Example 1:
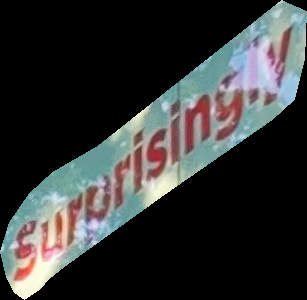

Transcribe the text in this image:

Surprisingly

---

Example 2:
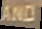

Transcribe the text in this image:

AND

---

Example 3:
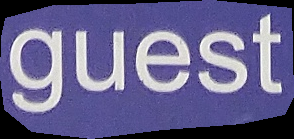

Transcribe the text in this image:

guest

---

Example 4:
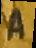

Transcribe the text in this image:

A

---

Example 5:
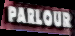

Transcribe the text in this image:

PARLOUR